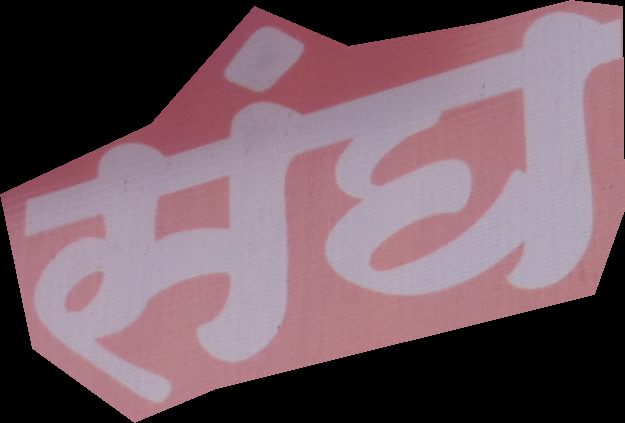
संघ